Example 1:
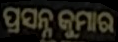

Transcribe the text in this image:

ପ୍ରସନ୍ନ କୁମାର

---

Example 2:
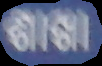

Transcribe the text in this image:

ଶାଖା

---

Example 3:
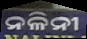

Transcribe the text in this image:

ନଳିନୀ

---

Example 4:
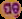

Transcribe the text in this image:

ପତ୍ର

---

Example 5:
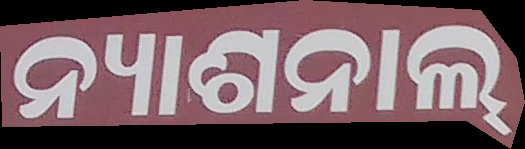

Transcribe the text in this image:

ନ୍ୟାଶନାଲ୍